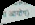
आयोग